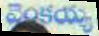
వెంకయ్య